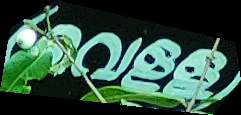
(വെള്ള)